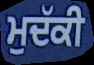
ਮੁਦੱਕੀ